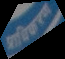
प्राधिकरण